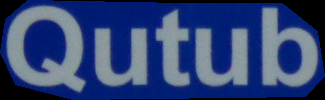
Qutub